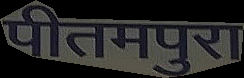
पीतमपुरा